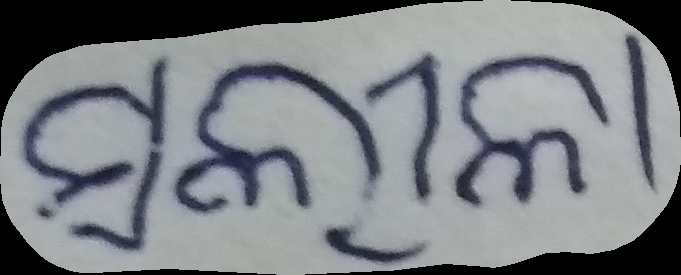
ସଲୀଳା